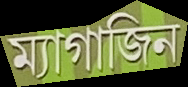
ম্যাগাজিন